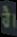
ਹੈ1